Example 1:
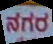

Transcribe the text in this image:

ನಗರ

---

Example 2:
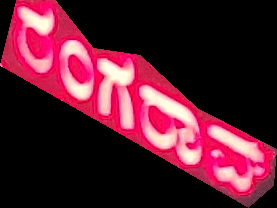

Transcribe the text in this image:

ರಂಗರಾವ್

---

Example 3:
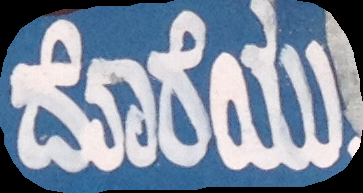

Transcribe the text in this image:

ದೊರೆಯು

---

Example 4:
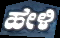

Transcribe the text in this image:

ಹೇಳ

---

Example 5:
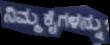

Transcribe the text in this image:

ನಿಮ್ಮಕೈಗಳನ್ನು